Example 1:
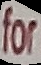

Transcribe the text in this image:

for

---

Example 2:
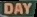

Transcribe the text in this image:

DAY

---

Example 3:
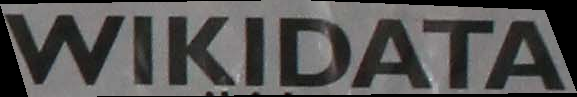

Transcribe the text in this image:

WIKIDATA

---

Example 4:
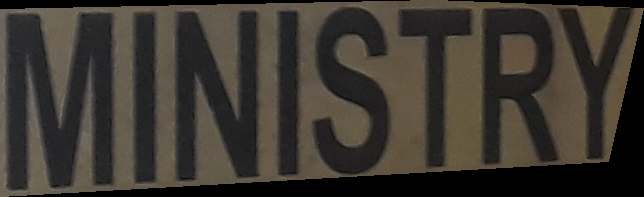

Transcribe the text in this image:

MINISTRY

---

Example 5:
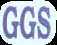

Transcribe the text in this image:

GGS